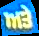
ਅਤੇ